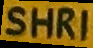
SHRI